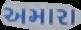
અમારા